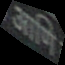
आणि